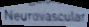
Neurovascular